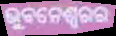
ଭୁବନେଶ୍ବରର